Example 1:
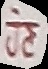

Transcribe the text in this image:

ਹੋਣ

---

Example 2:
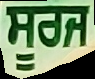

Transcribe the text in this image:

ਸੂਰਜ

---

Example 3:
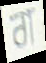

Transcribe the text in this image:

ਗ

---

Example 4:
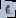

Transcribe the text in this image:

੬.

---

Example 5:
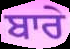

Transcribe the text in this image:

ਬਾਰੇ